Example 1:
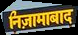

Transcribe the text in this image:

निज़ामाबाद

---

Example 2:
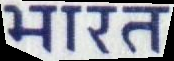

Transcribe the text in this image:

भा‍रत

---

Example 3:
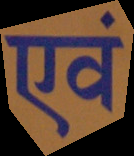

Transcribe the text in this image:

एवं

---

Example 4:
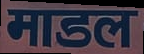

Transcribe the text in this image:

माडल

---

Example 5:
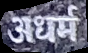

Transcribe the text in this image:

अधर्म